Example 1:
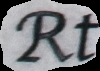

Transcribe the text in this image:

Rt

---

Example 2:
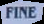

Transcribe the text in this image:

FINE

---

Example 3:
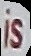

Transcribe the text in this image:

is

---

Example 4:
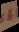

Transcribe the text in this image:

&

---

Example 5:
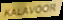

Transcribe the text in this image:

KALAVOOR